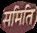
समिति